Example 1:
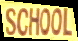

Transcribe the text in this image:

SCHOOL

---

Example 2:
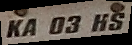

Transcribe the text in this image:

KA03HS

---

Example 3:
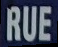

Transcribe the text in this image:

RUE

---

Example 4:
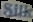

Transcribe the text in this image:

Silk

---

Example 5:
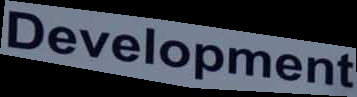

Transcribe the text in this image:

Development